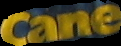
Cane